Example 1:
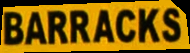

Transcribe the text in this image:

BARRACKS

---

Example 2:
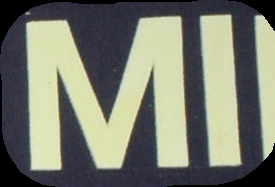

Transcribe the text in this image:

MI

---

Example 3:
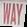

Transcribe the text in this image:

WAY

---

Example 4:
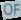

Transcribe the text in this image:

OF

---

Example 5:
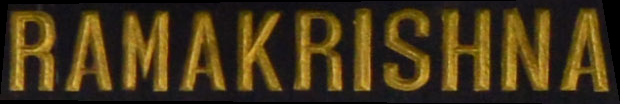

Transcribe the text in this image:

RAMAKRISHNA